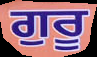
ਗੁਰੂ